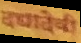
दद्यादेवी